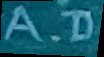
A.D